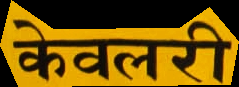
केवलरी